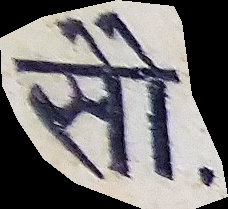
सौ.